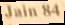
Jain84